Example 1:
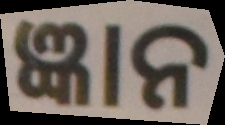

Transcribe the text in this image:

ଜ୍ଞାନ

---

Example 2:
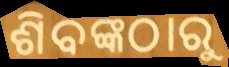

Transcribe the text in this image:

ଶିବଙ୍କଠାରୁ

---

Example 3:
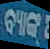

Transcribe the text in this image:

ବ୍ୟାଙ୍କ୍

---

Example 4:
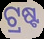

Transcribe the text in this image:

ଟ୍ରଷ୍ଟ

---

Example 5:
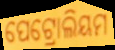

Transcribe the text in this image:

ପେଟ୍ରୋଲିୟମ